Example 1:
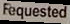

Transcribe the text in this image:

Requested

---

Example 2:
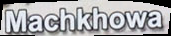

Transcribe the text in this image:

Machkhowa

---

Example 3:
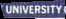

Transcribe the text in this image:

UNIVERSITY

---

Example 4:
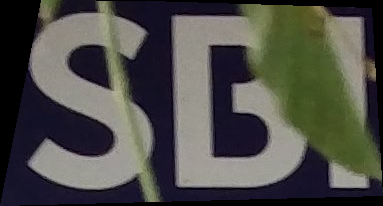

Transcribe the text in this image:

SBI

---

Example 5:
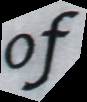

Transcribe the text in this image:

of